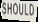
SHOULD